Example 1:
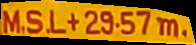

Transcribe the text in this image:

M.S.L+29.57m.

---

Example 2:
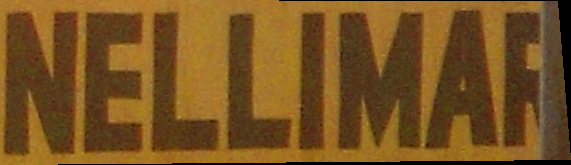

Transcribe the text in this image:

NELLIMAR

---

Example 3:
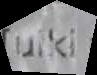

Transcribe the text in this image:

uiki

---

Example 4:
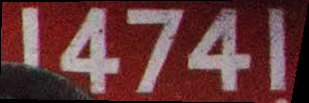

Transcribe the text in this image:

14741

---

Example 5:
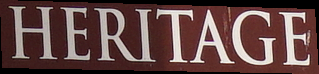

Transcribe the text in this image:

HERITAGE